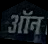
ऑन